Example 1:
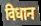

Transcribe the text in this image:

विधान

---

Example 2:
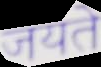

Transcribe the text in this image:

जयते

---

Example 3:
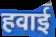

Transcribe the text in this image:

हवाई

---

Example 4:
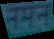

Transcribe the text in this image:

नमन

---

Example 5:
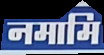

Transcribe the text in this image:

नमामि